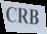
CRB